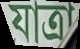
যাত্রা